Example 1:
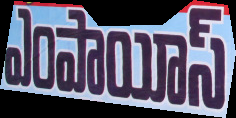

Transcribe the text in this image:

ఎంపాయీస్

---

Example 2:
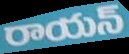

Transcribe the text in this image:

రాయన్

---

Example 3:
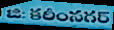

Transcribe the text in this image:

జి: కరీంనగర్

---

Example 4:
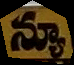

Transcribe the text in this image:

న్యూ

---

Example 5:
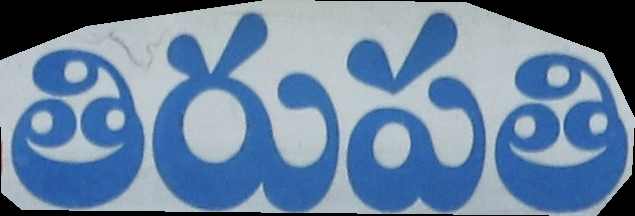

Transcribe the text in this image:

తిరుపతి